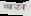
बस